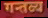
गन्तव्य